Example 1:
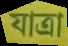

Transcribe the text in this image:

যাত্রা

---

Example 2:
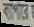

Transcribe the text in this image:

ব্যাপারে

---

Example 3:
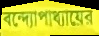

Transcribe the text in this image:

বন্দ্যোপাধ্যায়ের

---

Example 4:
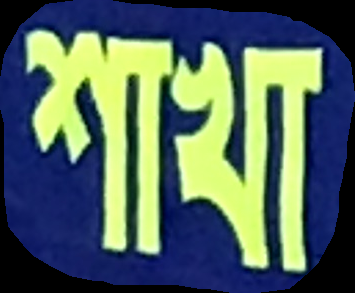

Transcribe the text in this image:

শাখা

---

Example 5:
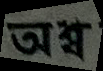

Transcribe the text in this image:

অশ্ব